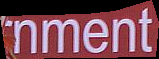
nment